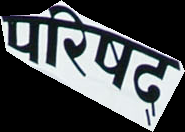
परिषद्